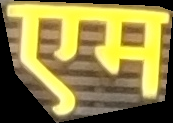
एम